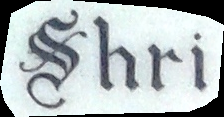
Shri